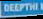
౧౯౯౧